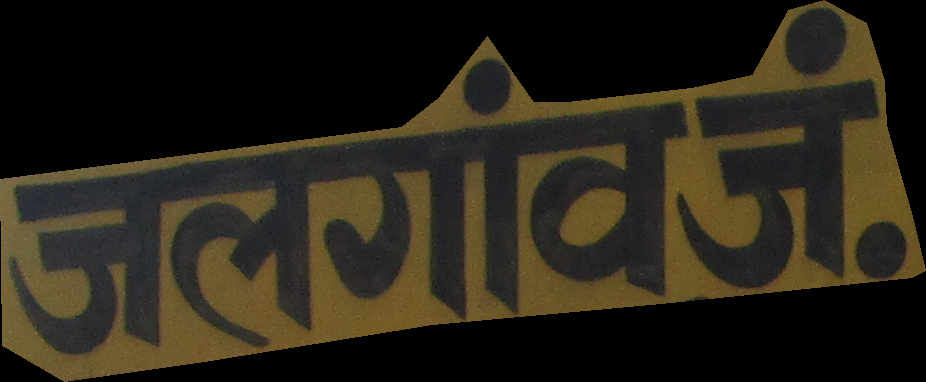
जलगांव जं.